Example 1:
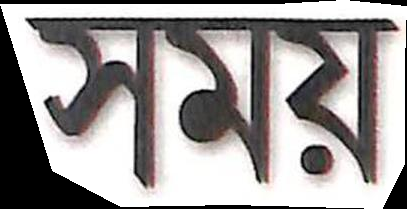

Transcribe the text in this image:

সময়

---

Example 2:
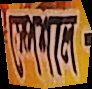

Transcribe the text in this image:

স্পেশাল-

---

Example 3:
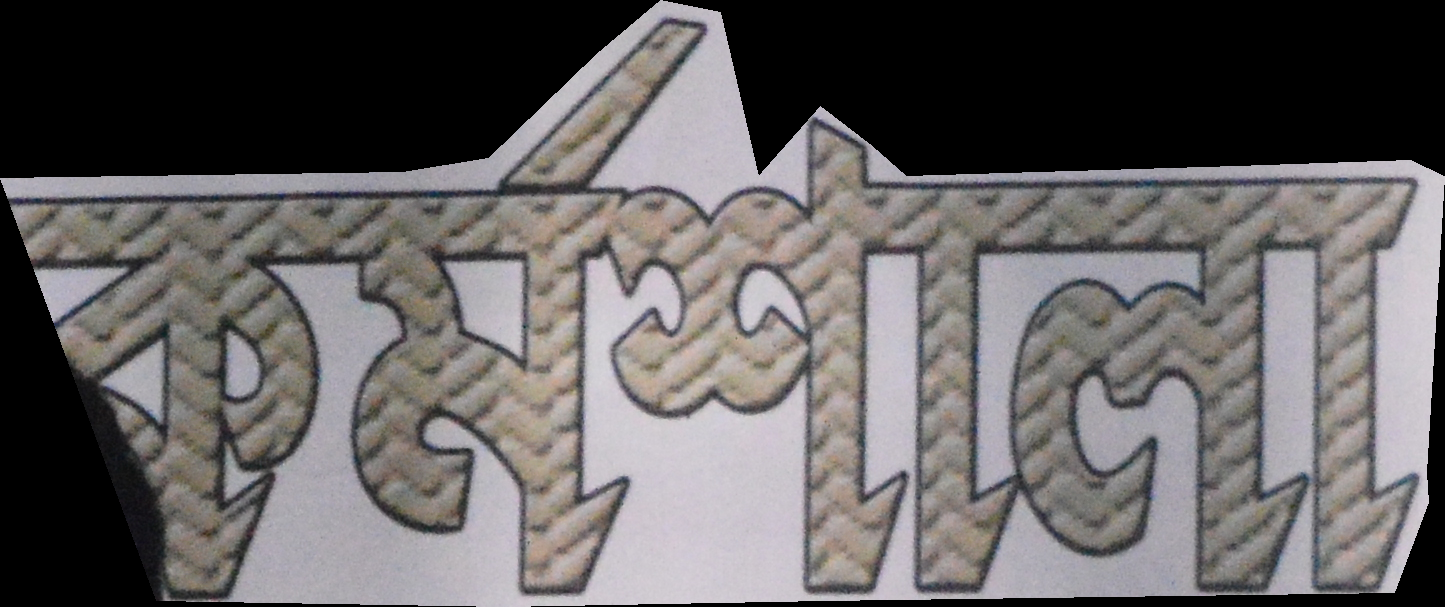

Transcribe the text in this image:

কর্মশালা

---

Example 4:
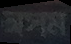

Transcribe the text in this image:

অসম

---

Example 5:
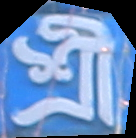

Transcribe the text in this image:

শ্রী